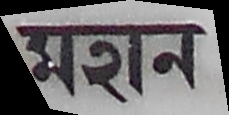
মহান